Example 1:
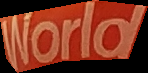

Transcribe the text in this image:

World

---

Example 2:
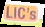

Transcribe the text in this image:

LIC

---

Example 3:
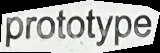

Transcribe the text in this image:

prototype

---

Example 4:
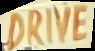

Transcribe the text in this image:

DRIVE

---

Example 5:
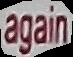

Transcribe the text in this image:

again